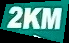
2KM